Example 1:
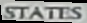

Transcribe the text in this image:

STATES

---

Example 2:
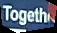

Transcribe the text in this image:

Togeth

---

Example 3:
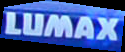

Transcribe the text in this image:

LUMAX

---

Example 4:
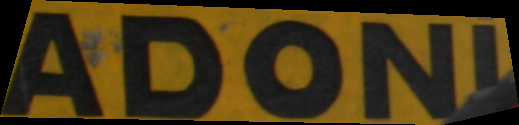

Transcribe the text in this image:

ADONI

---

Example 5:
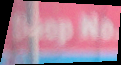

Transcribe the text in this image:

Shop No.